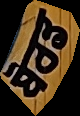
ਬੋਰਡ